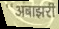
''अंबाझरी